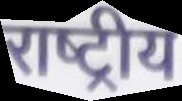
राष्ट्रीय